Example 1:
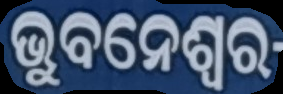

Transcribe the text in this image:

ଭୁବନେଶ୍ବର-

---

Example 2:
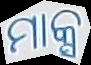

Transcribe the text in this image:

ମାକ୍ପ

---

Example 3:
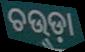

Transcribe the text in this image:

ଚଉଡ଼ା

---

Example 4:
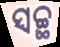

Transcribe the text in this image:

ସଚ୍ଛ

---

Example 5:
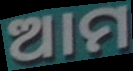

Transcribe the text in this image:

ଆମ